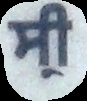
ਸ੍ਰੀ